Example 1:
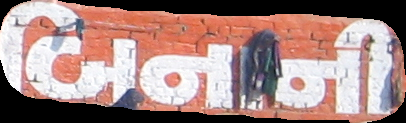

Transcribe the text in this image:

બિનાની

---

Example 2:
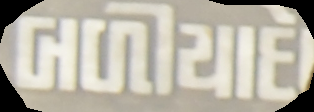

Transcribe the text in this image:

બળીયાદ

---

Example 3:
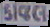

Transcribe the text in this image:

કાજલ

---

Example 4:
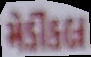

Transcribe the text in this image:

મેડીકલ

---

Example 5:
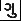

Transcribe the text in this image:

ગુ